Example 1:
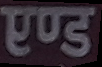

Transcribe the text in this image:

एण्ड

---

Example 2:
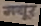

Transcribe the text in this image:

मयूर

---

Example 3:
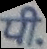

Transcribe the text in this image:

पी.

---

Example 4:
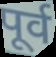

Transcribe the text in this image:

पूर्व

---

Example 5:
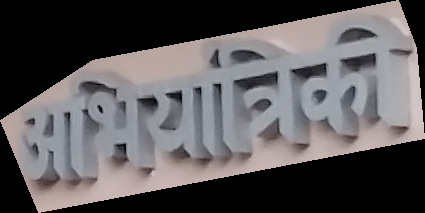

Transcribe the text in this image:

अभियांत्रिकी